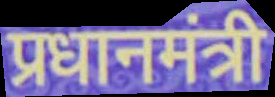
प्रधानमंत्री